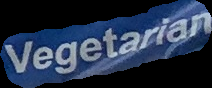
Vegetarian